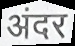
अंदर